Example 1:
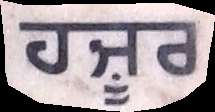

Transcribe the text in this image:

ਹਜ਼ੂਰ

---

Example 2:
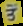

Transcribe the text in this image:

ਤੋ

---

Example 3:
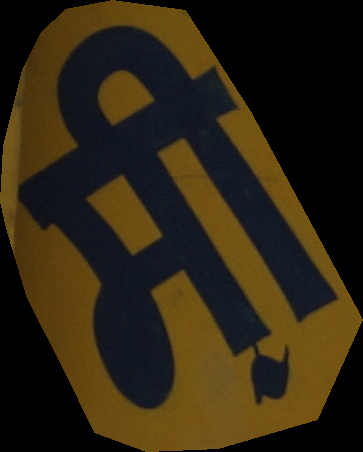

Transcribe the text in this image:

ਸੑੀ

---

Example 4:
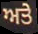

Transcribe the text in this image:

ਅਤੇ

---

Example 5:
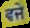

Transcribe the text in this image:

ਵਜੇ